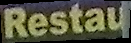
Restau